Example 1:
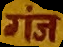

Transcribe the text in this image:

गंज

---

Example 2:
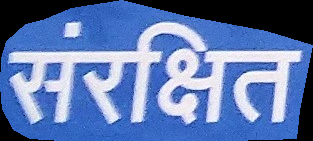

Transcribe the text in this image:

संरक्षित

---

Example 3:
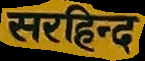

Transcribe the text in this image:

सरहिन्द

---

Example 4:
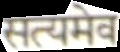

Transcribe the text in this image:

सत्यमेव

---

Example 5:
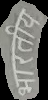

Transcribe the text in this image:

भारतीय